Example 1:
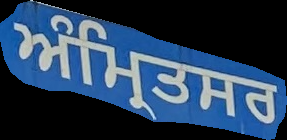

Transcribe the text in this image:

ਅੰਮ੍ਰਿਤਸਰ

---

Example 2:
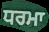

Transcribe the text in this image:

ਧਰਮਾ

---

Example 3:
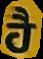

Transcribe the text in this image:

ਹੈ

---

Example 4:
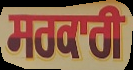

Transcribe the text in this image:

ਸਰਕਾਰੀ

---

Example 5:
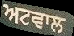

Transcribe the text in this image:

ਅਟਵਾਲ